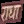
राधा